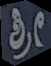
ಶ್ರೀ